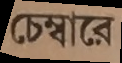
চেম্বারে